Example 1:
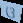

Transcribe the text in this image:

ଓ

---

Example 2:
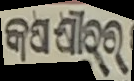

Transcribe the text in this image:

କଷ ଷୀରର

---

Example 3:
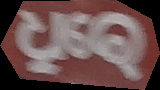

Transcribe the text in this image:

ଧ୍ଧରେ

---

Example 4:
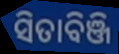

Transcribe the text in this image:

ସିତାବିଞ୍ଜି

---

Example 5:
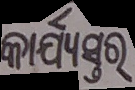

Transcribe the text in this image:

କାର୍ଯ୍ୟସୃର୍